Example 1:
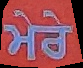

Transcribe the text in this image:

ਮੇਰੇ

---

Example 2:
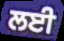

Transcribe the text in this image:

ਲਈ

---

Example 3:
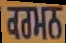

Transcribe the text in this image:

ਕਰਮਨ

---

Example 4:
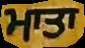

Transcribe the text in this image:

ਮਾਤਾ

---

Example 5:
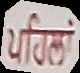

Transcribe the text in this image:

ਪਹਿਲਾਂ